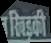
खिड़की